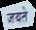
जयते